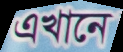
এখানে